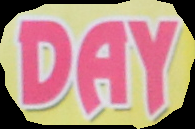
DAY